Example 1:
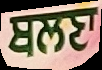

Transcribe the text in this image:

ਬਲਣਾ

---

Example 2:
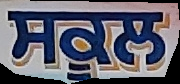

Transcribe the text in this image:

ਸਕੂਲ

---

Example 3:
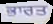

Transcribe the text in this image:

ਭਾਰਤ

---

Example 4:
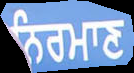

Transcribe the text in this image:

ਨਿਰਮਾਣ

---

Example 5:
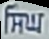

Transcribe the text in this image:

ਸਿਘ